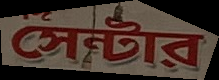
সেন্টার